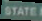
STATE